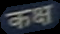
कक्ष